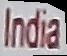
India